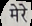
मेरे